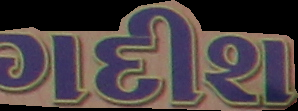
ગદીશ